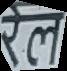
रेल